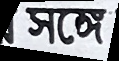
রসঙ্গে